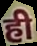
ही